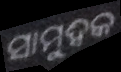
ସାମୁହକ